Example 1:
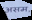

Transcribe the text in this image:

असम,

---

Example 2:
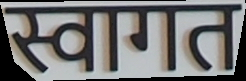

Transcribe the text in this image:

स्‍वागत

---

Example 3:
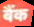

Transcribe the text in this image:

बैंक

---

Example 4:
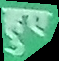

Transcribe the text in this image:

हुए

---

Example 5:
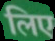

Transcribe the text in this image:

लिए